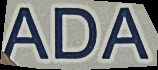
ADA